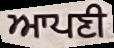
ਆਪਣੀ